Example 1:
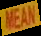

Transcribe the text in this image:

MEAN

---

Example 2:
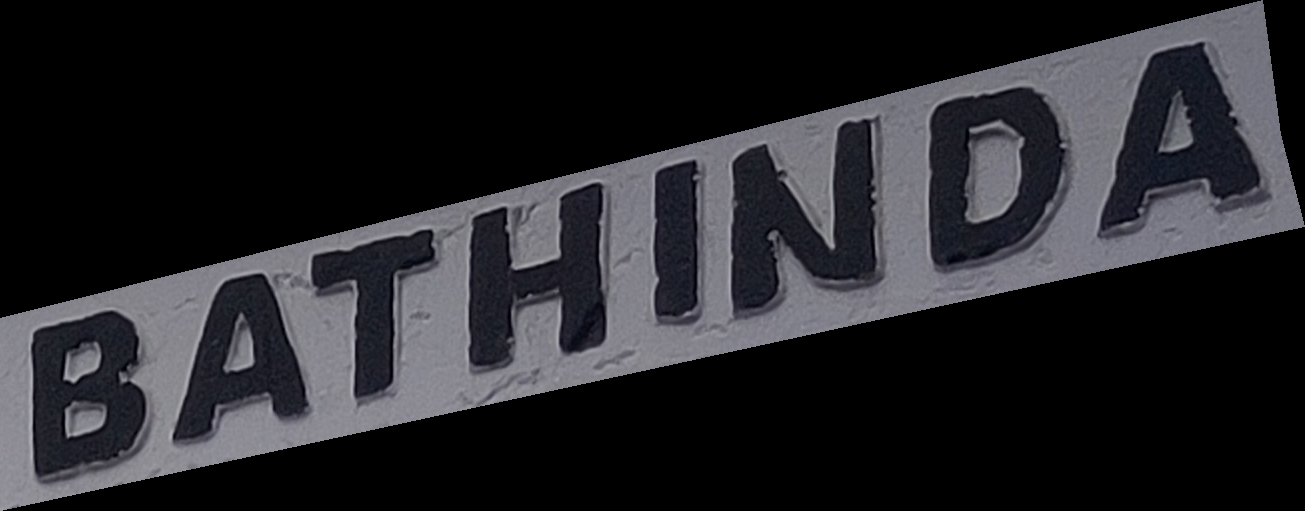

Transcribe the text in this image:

BATHINDA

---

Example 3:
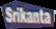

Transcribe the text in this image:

Srikanta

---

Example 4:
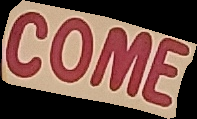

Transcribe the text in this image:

COME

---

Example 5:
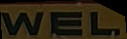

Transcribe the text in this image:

WEL